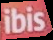
ibis